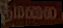
திருமலை